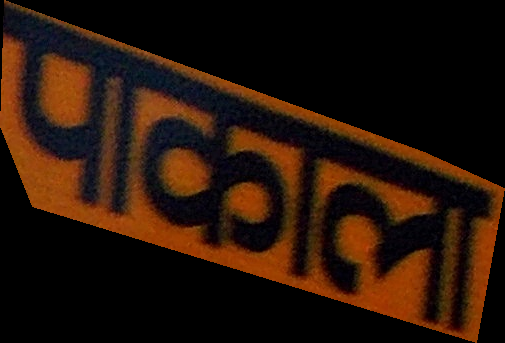
पाकाला